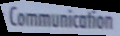
Communication